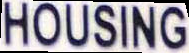
HOUSING